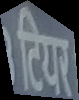
टियर